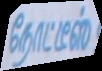
நோட்டீஸ்